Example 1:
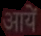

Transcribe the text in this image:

आयें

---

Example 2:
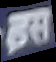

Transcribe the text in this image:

इस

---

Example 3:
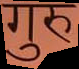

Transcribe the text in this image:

गुरु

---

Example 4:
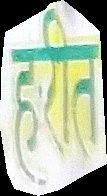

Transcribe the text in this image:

हरीत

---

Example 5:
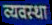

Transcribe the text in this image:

व्यवस्था